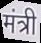
मंत्री